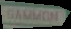
GAMMON